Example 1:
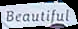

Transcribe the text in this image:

Beautiful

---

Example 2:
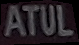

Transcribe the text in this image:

ATUL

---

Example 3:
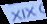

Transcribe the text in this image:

XIX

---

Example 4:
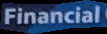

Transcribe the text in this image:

Financial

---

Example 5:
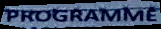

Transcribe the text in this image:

PROGRAMME